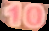
10